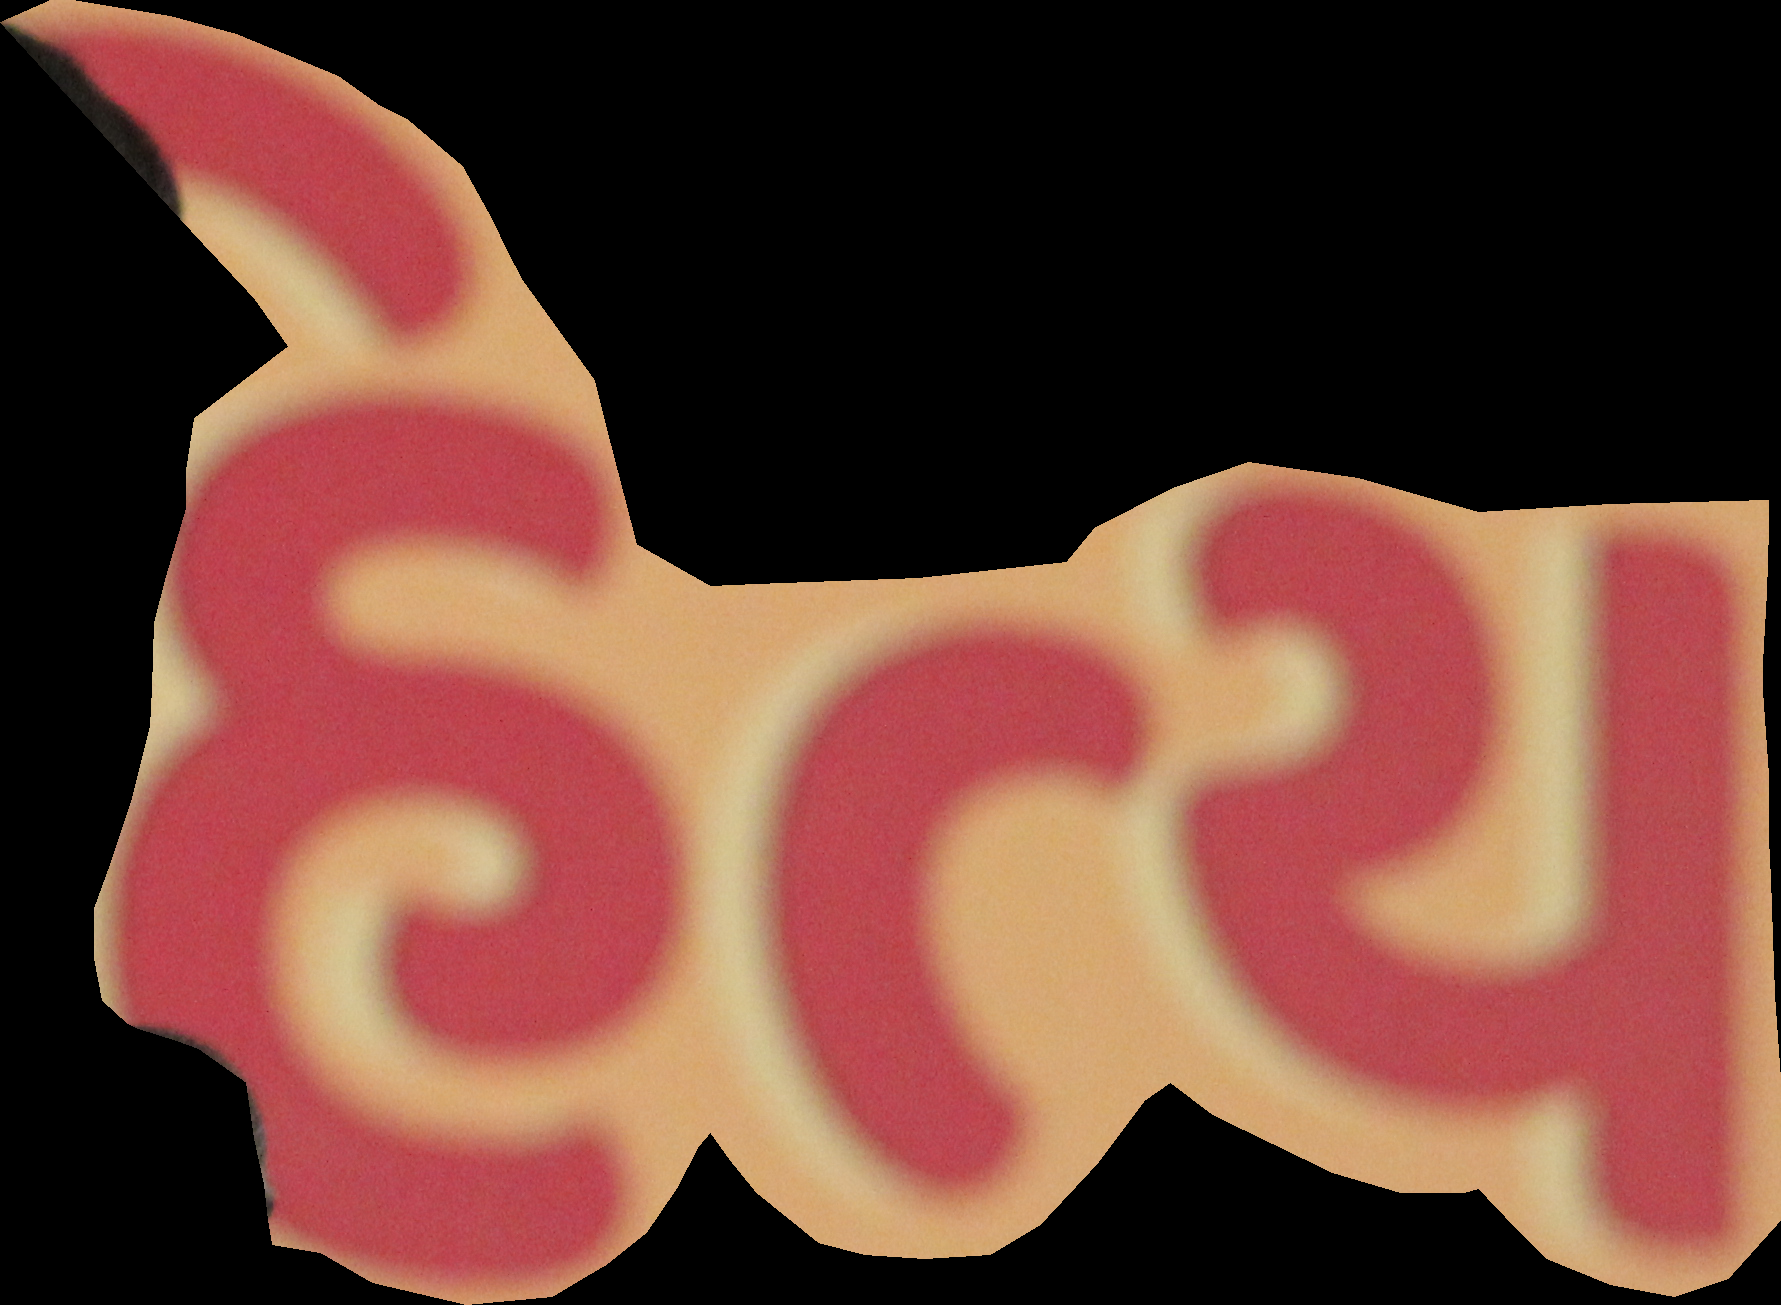
હેત્ય